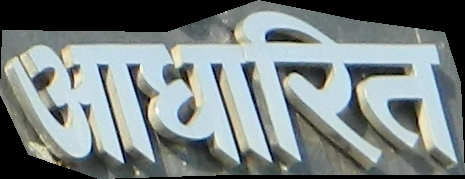
आधारित